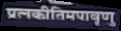
प्रलकीतिमपावृणु